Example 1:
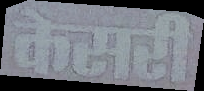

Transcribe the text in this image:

कੇसरी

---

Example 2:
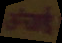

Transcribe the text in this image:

ऊँचाई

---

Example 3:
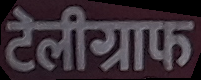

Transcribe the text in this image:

टेलीग्राफ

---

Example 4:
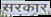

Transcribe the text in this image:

सरकार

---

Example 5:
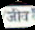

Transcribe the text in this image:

जीव